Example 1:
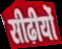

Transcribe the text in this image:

सीढ़ीयों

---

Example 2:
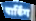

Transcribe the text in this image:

पार्किग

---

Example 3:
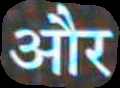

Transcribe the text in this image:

और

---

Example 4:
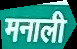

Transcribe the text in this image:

मनाली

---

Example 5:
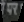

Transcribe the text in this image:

पर